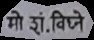
मो शं.विघ्ने